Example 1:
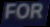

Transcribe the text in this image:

FOR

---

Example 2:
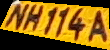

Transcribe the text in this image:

NH114A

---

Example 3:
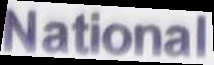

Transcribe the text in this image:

National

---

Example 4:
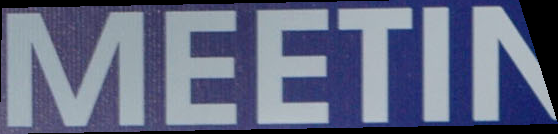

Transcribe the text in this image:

MEETI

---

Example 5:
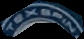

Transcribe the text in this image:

TEXSPIN